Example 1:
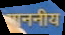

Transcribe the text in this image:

ननीय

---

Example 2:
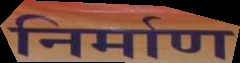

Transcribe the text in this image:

निर्माण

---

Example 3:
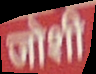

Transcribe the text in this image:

जोशी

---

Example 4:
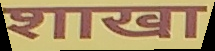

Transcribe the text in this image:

शाखा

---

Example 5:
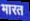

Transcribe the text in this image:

भारत